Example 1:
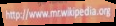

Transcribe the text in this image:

http://www.mr.wikipedia.org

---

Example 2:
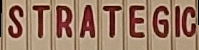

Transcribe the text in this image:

STRATEGIC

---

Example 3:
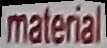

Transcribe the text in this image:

material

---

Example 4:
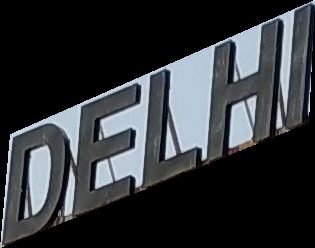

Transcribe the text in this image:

DELHI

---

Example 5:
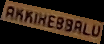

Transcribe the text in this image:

AKKIHEBBALU